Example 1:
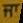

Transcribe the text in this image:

ਜਾ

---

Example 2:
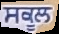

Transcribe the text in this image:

ਸਕੂਲ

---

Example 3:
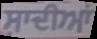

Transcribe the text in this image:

ਸਾਦੀਆਂ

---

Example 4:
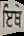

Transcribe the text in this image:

ਇਥੇ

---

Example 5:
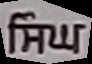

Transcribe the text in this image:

ਸਿੰਘ